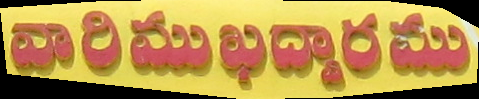
వారి ముఖద్వారము